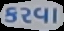
કરવા